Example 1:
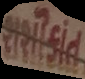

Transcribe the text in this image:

શશીકાંત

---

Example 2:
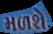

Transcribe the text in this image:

મળશે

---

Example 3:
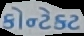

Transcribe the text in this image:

કોન્ટેકટ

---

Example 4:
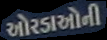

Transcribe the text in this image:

ઓરડાઓની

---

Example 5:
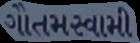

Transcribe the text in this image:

ગૌતમસ્વામી